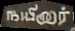
நயினார்